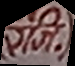
रंजि.)